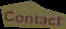
Contact